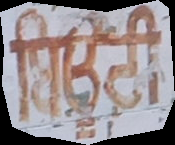
ਬਿਊਟੀ